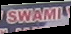
SWAMI